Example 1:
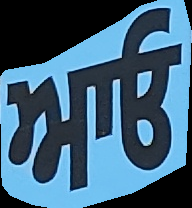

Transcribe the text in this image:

ਆਓ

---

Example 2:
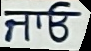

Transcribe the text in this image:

ਜਾਓ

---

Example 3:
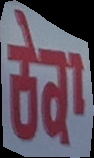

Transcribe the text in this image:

ਠੇਕਾ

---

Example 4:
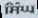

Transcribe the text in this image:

ਸਿੰਘ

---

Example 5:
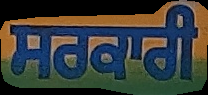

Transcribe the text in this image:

ਸਰਕਾਰੀ